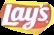
Lay